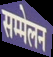
सम्मेलन